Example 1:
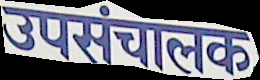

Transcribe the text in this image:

उपसंचालक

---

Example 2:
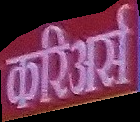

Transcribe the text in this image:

करिअर्स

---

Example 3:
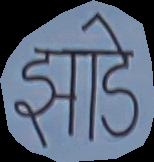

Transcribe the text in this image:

झाडे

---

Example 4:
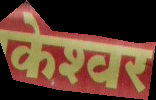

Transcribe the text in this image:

केश्वर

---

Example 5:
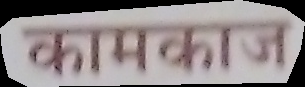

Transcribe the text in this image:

कामकाज